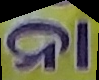
ନା